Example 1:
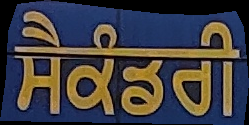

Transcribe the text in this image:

ਸੈਕੰਡਰੀ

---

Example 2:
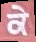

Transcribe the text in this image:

ਕੇ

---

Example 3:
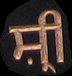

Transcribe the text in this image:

ਸूੀ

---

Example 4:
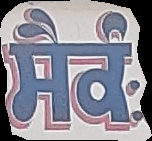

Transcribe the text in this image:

ਸੈਕੰ:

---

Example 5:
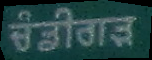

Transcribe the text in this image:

ਚੰਡੀਗੜ